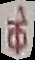
क‍े